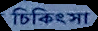
চিকিৎসা